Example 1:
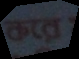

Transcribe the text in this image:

করে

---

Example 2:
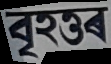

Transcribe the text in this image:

বৃহত্তৰ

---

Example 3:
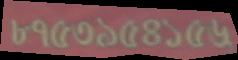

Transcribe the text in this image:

৮৭৫৩৯৫৪১৫৬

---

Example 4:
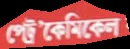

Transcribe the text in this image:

পেট্র কেমিকেল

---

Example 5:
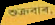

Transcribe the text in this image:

শুক্ৰবাৰ,